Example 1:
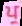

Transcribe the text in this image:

ਪ੍ਰ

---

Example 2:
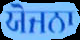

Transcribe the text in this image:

ਯੇਜਨਾ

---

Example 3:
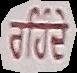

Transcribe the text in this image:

ਰਹਿੰਦੇ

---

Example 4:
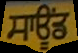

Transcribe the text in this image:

ਸਾਊਂਡ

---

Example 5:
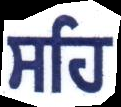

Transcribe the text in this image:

ਸਹਿ